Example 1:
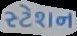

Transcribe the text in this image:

સ્ટેશન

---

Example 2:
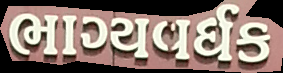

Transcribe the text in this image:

ભાગ્યવર્ધક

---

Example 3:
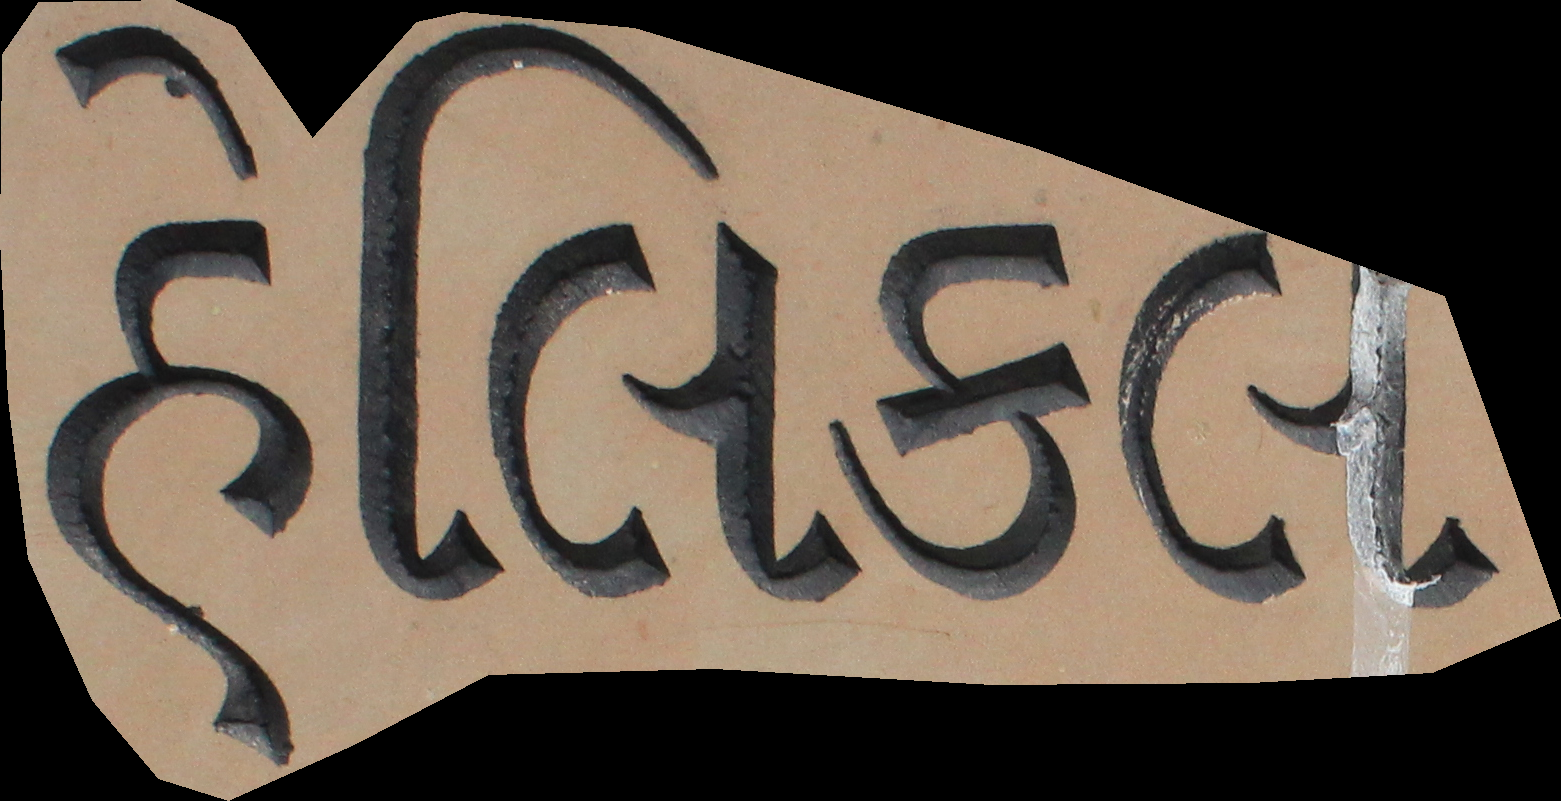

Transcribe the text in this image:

હેલિકલ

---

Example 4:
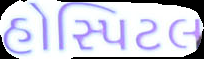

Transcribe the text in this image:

હોસ્પિટલ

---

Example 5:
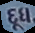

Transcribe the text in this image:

દૂધ